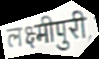
लक्ष्मीपुरी